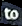
to